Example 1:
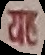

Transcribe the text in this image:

यह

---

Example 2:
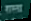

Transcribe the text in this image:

रास्ता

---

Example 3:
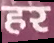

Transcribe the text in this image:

हर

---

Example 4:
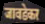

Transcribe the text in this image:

जावडेकर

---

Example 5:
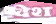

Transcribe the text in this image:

वेश